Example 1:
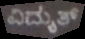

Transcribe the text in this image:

ವಿದ್ಯುತ್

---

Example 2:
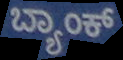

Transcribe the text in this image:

ಬ್ಯಾಂಕ್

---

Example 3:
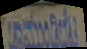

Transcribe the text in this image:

ಚಾಮುಂಡಿದಟ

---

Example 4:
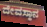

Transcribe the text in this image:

ದೇವಸ್ಥಾನ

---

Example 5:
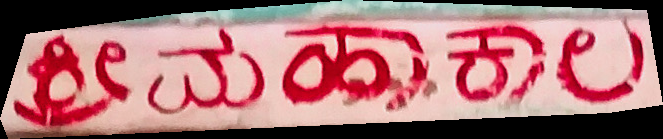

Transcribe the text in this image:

ಶ್ರೀಮಹಾಕಾಲ